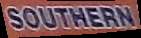
SOUTHERN